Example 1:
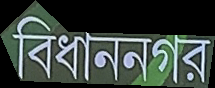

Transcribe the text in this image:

বিধাননগর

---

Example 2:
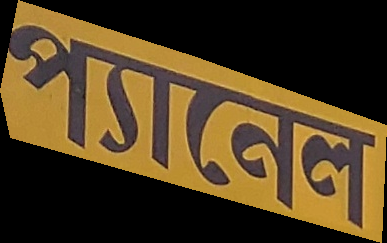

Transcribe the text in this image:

প্যানেল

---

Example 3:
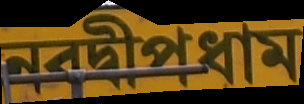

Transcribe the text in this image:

নবদ্বীপধাম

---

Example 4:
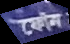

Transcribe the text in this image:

ফোন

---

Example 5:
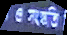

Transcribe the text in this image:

ও সংস্কৃতি